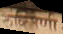
रुक्मिणी